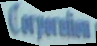
Corporation